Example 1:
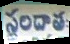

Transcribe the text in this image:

న్లలదాత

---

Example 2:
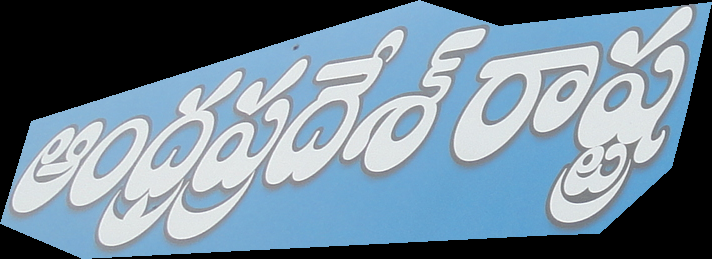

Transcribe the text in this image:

ఆంధ్రప్రదేశ్ రాష్ట్ర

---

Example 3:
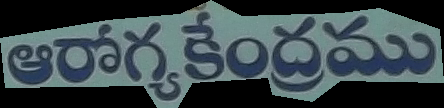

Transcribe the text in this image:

ఆరోగ్యకేంద్రము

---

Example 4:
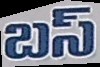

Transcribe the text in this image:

బస్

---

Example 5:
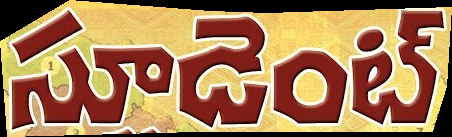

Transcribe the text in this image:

సూడెంట్